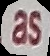
as